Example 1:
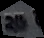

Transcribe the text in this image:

২৬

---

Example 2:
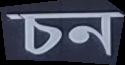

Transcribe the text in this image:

চন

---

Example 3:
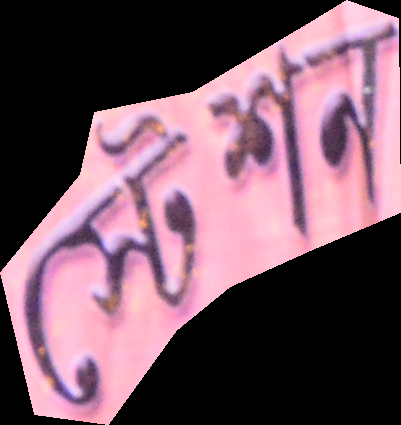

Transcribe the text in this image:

স্টেশন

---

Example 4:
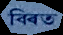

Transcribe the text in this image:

বিৰত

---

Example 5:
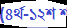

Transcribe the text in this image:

(৪র্থ-১২শ শ